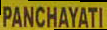
PANCHAYATI